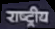
राष्‍ट्रीय